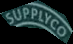
SUPPLYCO